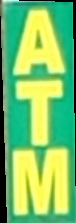
ATM